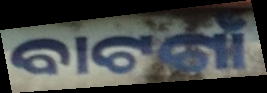
ବାଟଗାଁ